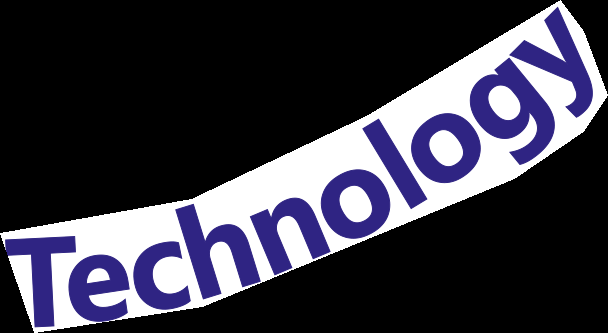
Technology